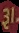
३૧